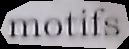
motifs